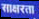
साक्षरता